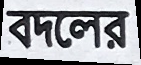
বদলের